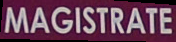
MAGISTRATE